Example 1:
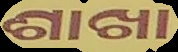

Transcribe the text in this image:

ଶାଖା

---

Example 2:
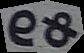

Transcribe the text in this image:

୧୫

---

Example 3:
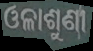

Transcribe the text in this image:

ଓଳାଶୁଣୀ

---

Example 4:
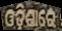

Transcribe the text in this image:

ଓଡ଼ିଶାରେ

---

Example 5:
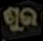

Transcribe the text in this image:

ଶୁଭ